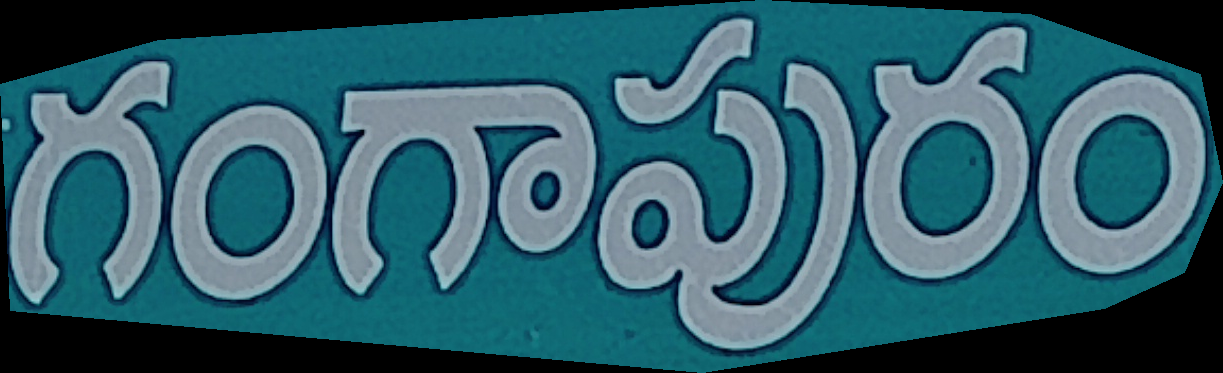
గంగాపురం